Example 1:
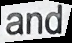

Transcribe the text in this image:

and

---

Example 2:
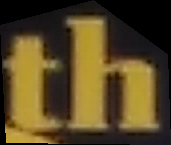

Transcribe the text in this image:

th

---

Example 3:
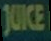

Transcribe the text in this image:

JUICE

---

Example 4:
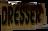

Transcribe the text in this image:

DRESSER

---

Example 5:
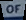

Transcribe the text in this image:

OF